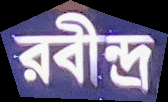
রবীন্দ্র